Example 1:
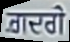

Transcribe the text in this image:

ਗ਼ਦਗੇ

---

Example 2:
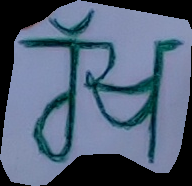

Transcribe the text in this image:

ਰੱਖ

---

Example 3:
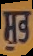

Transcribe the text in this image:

ਸੁਭ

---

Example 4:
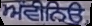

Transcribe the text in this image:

ਅੰਵੀਨਿਉ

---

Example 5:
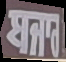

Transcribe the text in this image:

ਬਜਾਰ